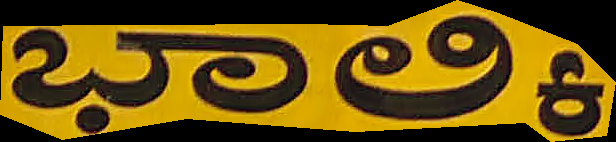
ಭಾಲಿಕಿ